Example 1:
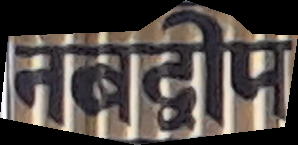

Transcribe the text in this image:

नबद्वीप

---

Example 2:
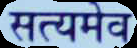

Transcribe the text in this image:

सत्यमेव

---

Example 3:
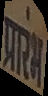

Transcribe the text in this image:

प्रारंभ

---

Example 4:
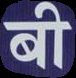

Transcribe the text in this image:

बी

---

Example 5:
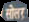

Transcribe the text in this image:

सोलर